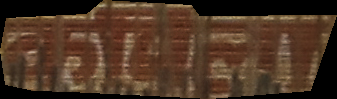
कबिला